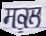
ਸਕੂਲ